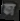
का